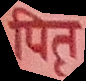
पितृ